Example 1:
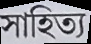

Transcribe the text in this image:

সাহিত্য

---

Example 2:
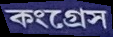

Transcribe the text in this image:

কংগ্রেস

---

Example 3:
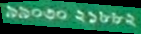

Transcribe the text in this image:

৯৯০৩০ ২১৮৮২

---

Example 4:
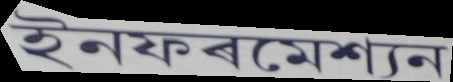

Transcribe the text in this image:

ইনফৰমেশ্যন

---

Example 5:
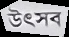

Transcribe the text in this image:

উৎসব